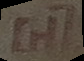
બી